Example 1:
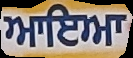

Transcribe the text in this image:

ਆਇਆ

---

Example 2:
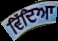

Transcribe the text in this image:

ਵਿੱਦਿਆ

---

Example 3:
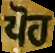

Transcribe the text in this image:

ਪੋਹ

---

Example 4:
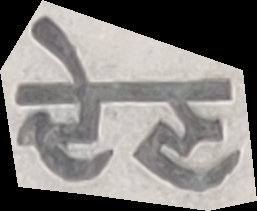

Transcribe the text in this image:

ਦੇਣ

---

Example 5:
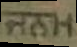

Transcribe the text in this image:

ਜਨਮ